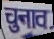
चुनाव